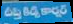
దీప్తి కిడ్స్ కార్నర్